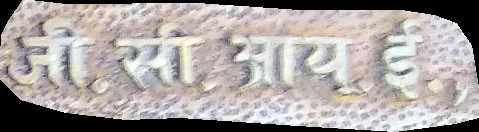
जी.सी.आय्.ई.,